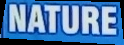
NATURE